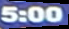
5:00